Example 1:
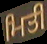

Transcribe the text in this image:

ਮਿਤੀ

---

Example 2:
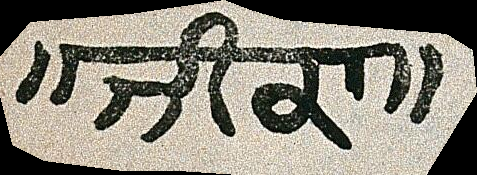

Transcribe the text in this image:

"ਜੀਕਾ"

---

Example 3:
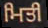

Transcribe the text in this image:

ਮਿਤੀ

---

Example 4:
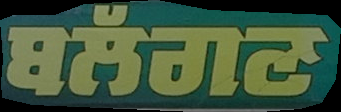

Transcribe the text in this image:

ਬਲੱਗਣ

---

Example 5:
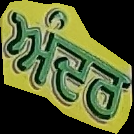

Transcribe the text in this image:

ਅੰਦਰ